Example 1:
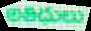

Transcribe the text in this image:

అతిథులు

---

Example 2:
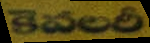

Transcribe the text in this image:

కెవలరీ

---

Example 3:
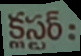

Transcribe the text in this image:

క్లస్టర్:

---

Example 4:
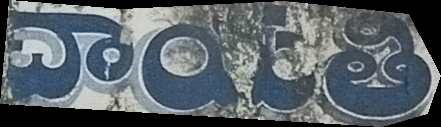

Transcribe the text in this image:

దాయతి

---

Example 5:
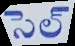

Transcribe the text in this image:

సెల్